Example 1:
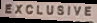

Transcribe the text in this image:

EXCLUSIVE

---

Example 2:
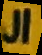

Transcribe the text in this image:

JI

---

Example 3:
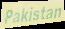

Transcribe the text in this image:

Pakistan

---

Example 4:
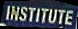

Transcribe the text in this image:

INSTITUTE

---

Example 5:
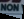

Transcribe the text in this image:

NON